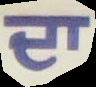
ਦਾ